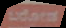
ಬರೋಡ